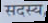
सदस्य